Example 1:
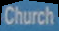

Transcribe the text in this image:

Church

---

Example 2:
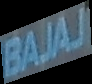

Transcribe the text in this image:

BAJAJ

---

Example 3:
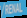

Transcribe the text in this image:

RENAL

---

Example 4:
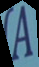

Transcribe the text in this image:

A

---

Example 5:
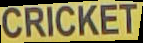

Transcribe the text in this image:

CRICKET